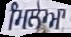
ਮਿਲੇਾਆ